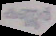
കണ്ണൂ‍ർ